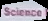
Science